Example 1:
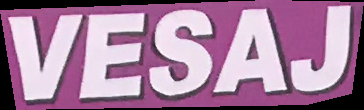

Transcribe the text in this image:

VESAJ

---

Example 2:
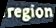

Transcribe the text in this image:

nregion.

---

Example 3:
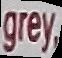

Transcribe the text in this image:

grey,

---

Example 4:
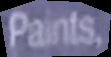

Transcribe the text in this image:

Paints,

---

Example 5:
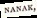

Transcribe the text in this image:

NANAK,